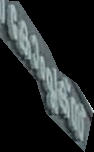
കോം‌പ്ലക്സ്